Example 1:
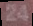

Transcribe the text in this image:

24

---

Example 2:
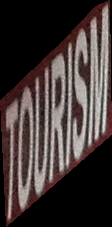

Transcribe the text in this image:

TOURISM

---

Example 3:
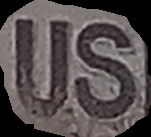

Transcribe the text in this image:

US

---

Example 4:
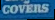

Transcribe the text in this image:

COVERS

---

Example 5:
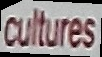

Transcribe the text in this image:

cultures